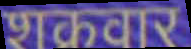
शुक्रवार